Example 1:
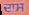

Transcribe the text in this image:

ਦਾਸ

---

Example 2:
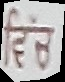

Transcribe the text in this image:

ਵਿਚ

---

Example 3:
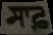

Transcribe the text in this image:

ਸਾਫ਼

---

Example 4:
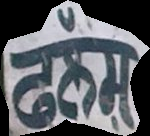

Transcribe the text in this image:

ਫਨੱਸ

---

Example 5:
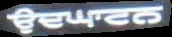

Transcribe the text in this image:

ਉਦਘਾਟਨ